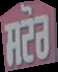
ਸਟੋਰ